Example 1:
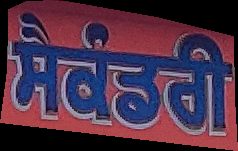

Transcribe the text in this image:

ਸੈਕੰਡਰੀ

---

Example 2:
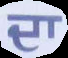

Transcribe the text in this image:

ਦਾ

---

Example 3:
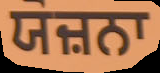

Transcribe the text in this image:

ਯਜ਼ਨਾ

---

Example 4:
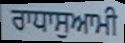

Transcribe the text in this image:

ਰਾਧਾਸੁਆਮੀ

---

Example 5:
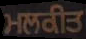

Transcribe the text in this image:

ਮਲਕੀਤ